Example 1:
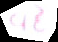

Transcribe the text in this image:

વદે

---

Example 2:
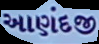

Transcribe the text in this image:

આણંદજી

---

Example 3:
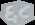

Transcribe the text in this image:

દ્દ૮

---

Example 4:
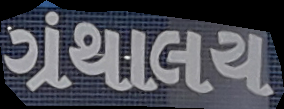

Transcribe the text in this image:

ગ્રંથાલય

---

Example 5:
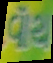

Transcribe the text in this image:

વોચ